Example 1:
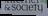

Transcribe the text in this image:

&SOCIETY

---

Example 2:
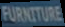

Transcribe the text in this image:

FURNITURE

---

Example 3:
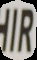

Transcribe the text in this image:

HIR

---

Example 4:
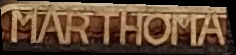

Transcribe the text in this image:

MARTHOMA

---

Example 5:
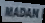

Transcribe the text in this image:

MADAN